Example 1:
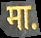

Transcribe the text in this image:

मा.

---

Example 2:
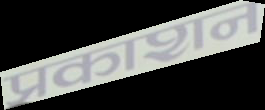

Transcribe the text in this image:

प्रकाशन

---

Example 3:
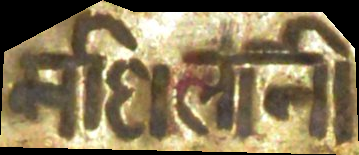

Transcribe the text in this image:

मघिलानी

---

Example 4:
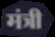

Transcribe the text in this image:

मंत्री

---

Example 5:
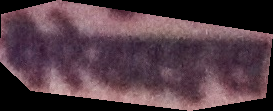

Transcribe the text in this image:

पैरेडाइस